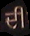
ਦੀ